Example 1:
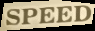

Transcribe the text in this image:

SPEED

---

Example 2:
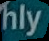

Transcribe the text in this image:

hly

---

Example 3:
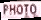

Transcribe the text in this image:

PHOTO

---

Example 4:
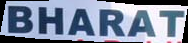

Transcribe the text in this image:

BHARAT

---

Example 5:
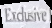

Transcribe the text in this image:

Exclusive